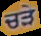
ਚੜੇ